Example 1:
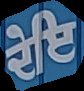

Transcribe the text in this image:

ਦੇਇ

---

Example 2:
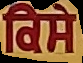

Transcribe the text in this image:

ਕਿਸੇ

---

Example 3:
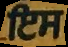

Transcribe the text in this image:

ਇਸ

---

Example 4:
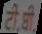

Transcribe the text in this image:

ਟੀ.ਬੀ.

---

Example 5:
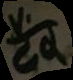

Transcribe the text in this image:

ਟੈਂਕ